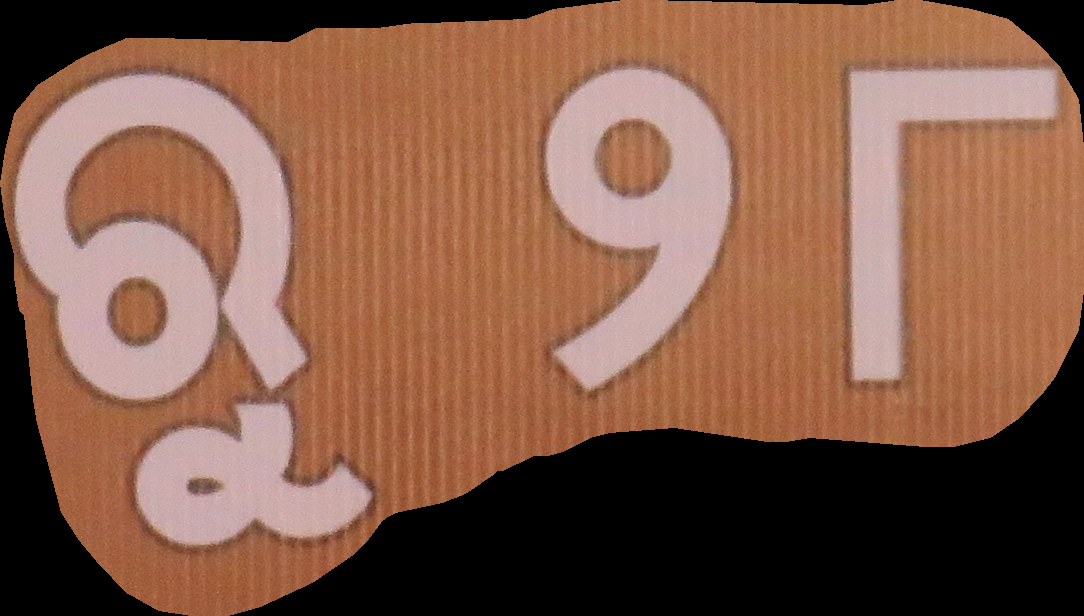
ରୁ ୨୮